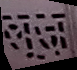
लूज